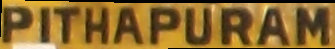
PITHAPURAM